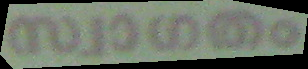
സ്വാഗതം